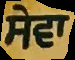
ਸੇਵਾ